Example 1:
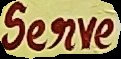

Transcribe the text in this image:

Serve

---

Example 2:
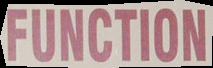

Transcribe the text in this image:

FUNCTION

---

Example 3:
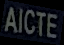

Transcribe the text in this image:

AICTE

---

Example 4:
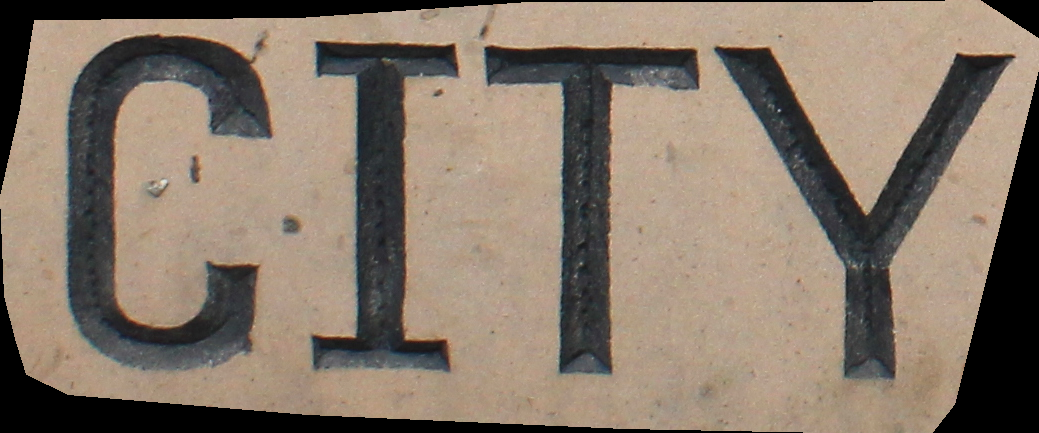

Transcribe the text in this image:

CITY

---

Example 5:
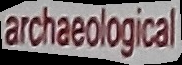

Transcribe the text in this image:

archaeological